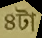
৪টা